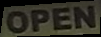
OPEN